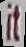
it